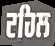
ਦਹਿਲ